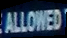
ALLOWED